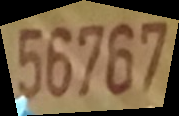
56767